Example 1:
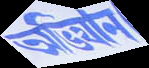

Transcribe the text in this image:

অভিযান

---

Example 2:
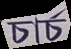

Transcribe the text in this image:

চাৰ্চ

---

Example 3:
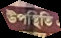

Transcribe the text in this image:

উপস্থিতি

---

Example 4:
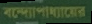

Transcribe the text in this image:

বন্দ্যোপাধ্যায়ের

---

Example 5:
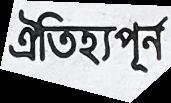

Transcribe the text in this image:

ঐতিহ্যপূর্ন